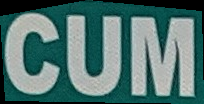
CUM